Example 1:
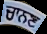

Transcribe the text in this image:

ਚਾਨਣ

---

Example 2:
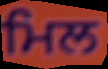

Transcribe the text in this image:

ਮਿਲ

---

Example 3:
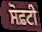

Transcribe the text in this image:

ਸੋਫ਼ਟੀ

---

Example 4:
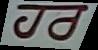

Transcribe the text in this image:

ਹਰ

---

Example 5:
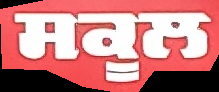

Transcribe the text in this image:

ਸਕੂਲ